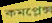
কমপ্লেক্স